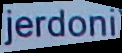
ப்௭௧௦௦௦